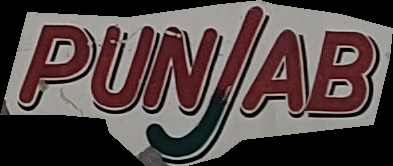
PUN/AB